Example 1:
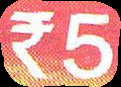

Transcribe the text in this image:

₹5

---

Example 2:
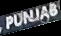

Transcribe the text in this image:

PUNJAB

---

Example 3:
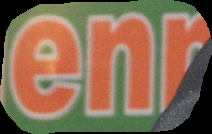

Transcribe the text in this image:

en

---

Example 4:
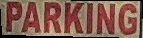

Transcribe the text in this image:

PARKING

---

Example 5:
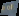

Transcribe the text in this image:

of